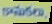
కానుకలు